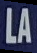
LA